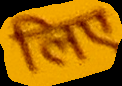
लिए